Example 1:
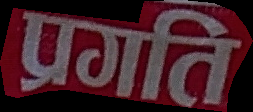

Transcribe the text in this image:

प्रगति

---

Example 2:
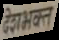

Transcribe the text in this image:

देशभक्त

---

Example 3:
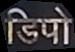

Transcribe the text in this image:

डिपो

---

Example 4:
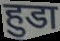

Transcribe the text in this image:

हुडा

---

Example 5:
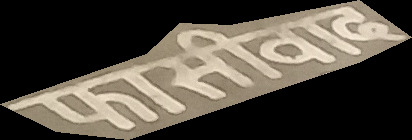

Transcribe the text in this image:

फासीवाद